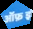
ऑफ्र